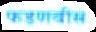
फडणवीस